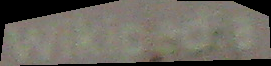
wikipedia